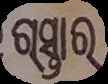
ଗସ୍ତାର